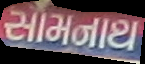
સોમનાથ